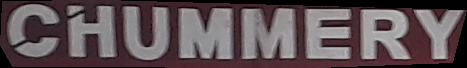
CHUMMERY